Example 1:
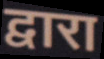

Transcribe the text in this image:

द्वारा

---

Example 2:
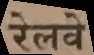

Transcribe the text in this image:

रेलवे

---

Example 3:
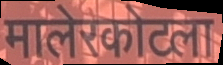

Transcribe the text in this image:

मालेरकोटला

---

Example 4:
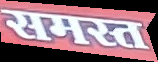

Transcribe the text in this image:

समस्त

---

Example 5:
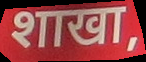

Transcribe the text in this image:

शाखा,